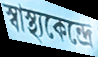
স্বাস্থ্যকেন্দ্র